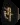
ਦੀ